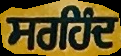
ਸਰਹਿੰਦ